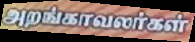
அறங்காவலா்கள்